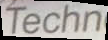
Techn